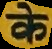
के